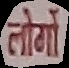
लोर्गो